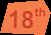
18th